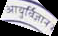
आयुर्विज्ञान